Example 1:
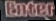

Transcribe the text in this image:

Enter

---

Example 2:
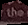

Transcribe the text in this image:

the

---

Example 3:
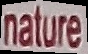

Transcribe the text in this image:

nature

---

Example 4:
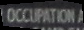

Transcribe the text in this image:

OCCUPATION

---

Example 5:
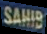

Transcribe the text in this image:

SAHIB